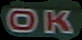
OK